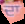
ਦਾ